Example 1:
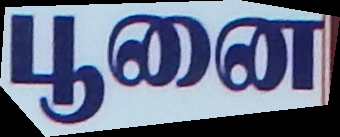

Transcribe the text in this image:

பூனை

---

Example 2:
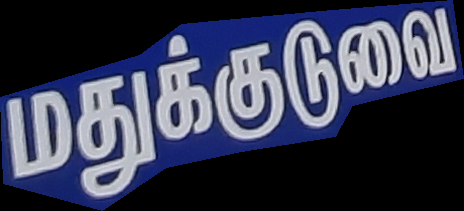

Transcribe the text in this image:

மதுக்குடுவை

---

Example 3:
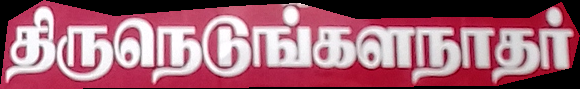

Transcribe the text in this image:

திருநெடுங்களநாதா்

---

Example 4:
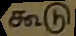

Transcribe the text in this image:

௯டு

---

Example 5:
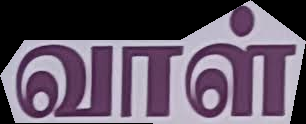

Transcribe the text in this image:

வாள்